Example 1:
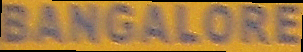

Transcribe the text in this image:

BANGALORE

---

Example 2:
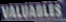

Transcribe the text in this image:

VALUABLES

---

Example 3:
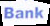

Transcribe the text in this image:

Bank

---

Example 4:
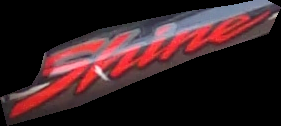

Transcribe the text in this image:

Shine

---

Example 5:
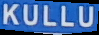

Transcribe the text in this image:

KULLU